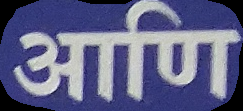
आणि